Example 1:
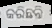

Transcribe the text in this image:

କରିଛନ୍ତି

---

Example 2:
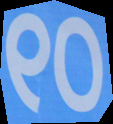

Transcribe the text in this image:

୧୦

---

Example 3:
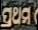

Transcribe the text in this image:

ପ୍ରଥମ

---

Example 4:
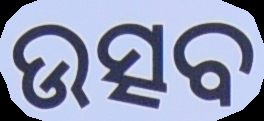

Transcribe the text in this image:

ଉତ୍ସବ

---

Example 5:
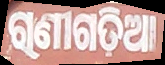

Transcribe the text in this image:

ର୍ଣ୍ଣୀଗଡ଼ିଆ